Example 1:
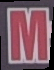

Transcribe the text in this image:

M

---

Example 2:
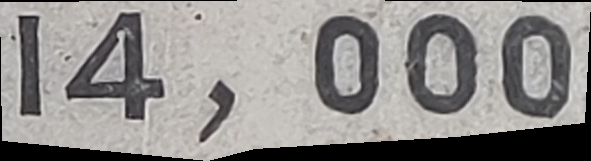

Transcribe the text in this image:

14,000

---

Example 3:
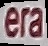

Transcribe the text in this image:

era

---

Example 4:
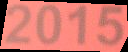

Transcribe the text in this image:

2015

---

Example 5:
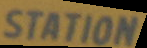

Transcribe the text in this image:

STATION